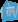
रोग/